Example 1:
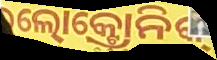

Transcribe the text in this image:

ଲୋକ୍ଟ୍ରୋନି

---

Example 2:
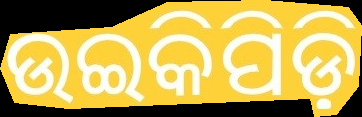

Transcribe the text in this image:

ଉଇକିପିଡ଼ି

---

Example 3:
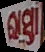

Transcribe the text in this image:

ରାସ୍ତା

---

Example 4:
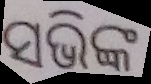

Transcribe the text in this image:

ସଭିଙ୍କ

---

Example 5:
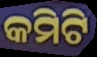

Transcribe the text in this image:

କମିଟି